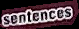
sentences